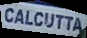
CALCUTTA